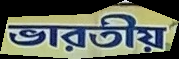
ভারতীয়